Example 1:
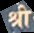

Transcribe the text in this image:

श्री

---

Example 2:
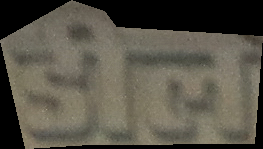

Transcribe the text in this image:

डील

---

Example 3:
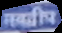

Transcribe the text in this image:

नबद्वीप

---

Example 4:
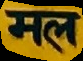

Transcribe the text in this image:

मल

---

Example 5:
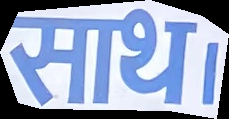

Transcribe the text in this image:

साथ।